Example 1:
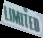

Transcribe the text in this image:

LIMITED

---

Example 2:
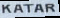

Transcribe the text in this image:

KATAR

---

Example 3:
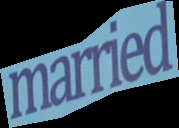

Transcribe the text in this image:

married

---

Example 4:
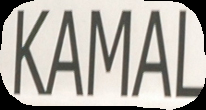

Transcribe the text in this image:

KAMAL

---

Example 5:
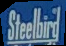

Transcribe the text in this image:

Steelbird